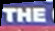
THE